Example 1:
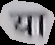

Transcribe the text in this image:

या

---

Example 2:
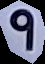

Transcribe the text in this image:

१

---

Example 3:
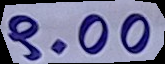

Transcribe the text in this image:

९.००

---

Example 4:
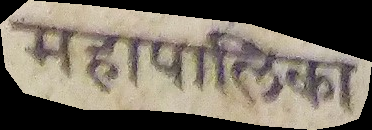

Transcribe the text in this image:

महापालिका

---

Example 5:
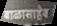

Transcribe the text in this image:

बाळासाहेब